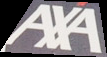
AXA